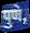
पुणे,